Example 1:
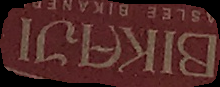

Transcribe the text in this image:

BIKAJI ASLEE BIKANER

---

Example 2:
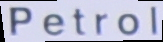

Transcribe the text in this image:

Petrol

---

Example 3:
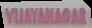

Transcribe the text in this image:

VIJYANAGAR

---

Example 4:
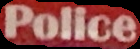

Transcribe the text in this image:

Police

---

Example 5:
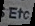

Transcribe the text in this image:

Etc